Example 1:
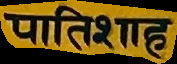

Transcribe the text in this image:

पातिशाह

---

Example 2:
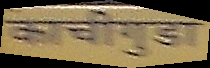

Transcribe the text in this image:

काचीगुडा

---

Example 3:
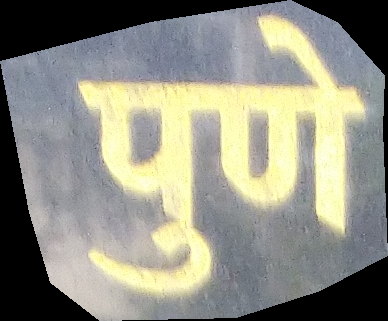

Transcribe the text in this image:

पुणे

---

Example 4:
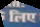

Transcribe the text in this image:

लिए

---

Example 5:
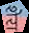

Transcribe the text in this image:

शेरा